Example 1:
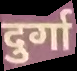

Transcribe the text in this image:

दुर्गा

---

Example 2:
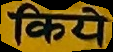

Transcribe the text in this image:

किये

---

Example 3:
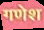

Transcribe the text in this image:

गणेश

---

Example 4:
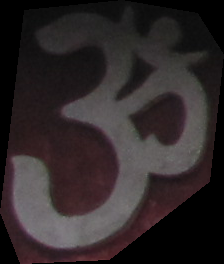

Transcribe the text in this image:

ॐ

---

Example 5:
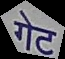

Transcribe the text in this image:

गेट